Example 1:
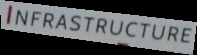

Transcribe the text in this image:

INFRASTRUCTURE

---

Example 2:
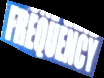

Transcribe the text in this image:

FREQUENCY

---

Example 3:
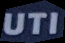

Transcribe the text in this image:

UTI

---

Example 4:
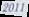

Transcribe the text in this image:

2011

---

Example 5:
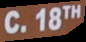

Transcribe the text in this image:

C.18TH